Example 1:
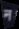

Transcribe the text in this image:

न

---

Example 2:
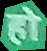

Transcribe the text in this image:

हो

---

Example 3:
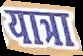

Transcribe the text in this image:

यात्रा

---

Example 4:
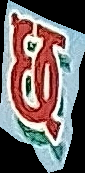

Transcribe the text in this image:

छ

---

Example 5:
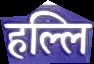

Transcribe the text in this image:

हल्लि